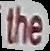
the